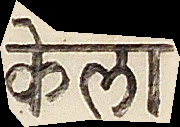
केला